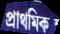
প্ৰাথমিক